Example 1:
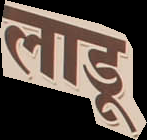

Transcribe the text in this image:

लाडू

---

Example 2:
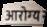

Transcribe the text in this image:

आरोग्य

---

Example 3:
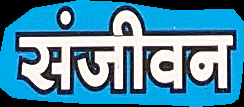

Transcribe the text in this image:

संजीवन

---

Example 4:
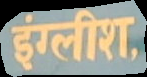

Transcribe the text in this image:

इंग्लीश,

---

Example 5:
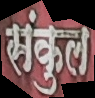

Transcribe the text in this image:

संकुल